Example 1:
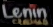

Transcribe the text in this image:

Lenin CINEMAS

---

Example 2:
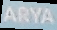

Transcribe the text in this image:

ARYA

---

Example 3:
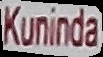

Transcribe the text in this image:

Kuninda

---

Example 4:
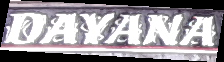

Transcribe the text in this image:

DAYANA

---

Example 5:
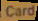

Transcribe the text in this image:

Card